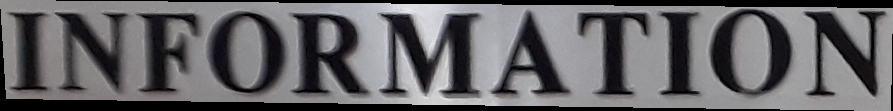
INFORMATION